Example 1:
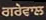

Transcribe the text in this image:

ਗਰੇਵਾਲ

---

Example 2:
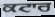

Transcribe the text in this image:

ਕਟਾਰ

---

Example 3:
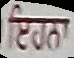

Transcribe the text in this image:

ਇਹਨਾ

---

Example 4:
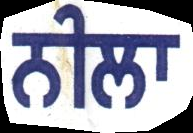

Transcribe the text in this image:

ਨੀਲਾ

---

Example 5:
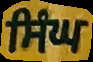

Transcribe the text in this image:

ਸਿੰਘ